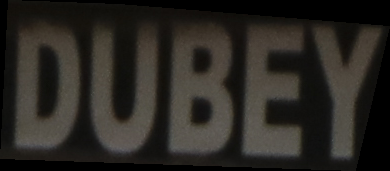
DUBEY